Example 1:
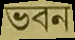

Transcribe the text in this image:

ভবন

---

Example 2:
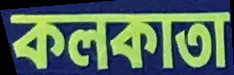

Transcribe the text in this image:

কলকাতা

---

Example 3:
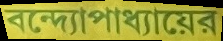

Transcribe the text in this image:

বন্দ্যোপাধ্যায়ের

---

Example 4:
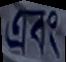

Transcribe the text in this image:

এবং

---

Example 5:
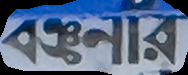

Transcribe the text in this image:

বঞ্ঝনার